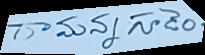
రామన్న గూడెం